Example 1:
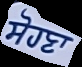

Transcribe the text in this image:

ਸੋਹਣ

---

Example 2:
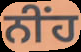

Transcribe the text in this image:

ਨੀਂਹ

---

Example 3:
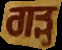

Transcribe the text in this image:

ਗੜ੍ਰ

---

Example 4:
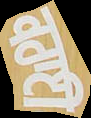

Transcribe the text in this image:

ਕਰਾਈ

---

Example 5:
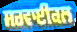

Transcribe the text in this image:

ਸਰਵਾਈਕਲ